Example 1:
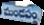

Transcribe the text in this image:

మండపం.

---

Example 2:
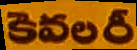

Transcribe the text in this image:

కెవలరీ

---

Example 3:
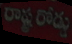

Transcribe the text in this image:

రాష్ట్ర రోడ్డు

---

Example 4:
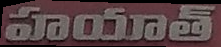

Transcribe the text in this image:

హయాత్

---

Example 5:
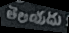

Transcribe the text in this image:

తెలియదు